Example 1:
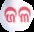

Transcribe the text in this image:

ଜଳ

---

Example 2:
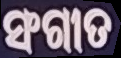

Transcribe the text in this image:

ସଂଗୀତ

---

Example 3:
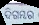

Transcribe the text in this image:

ଦିଗମ୍ବର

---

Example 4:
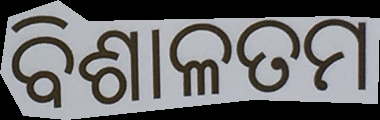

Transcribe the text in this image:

ବିଶାଳତମ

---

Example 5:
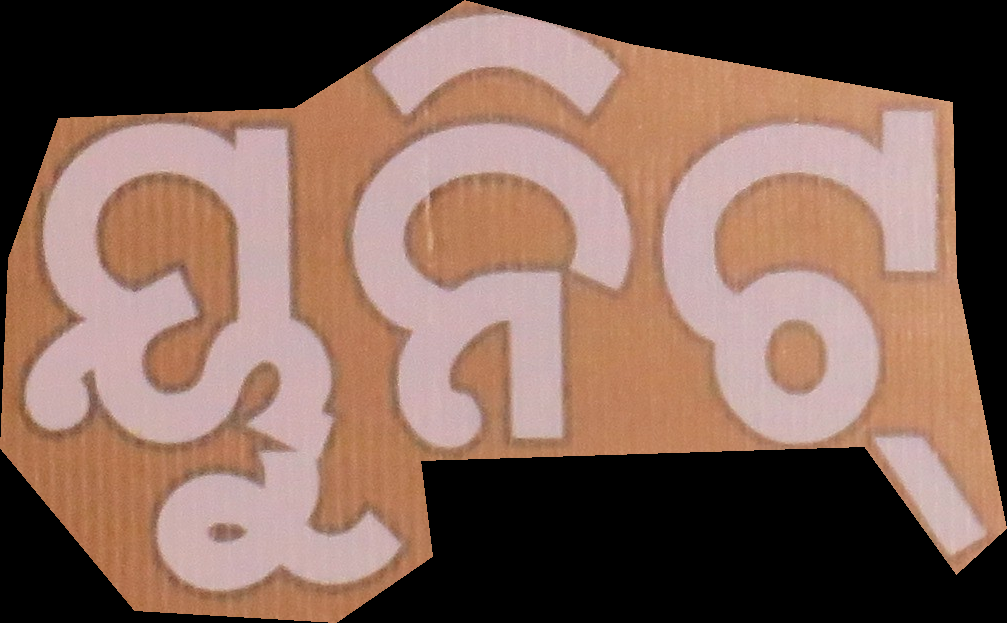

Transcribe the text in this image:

ୟୁନିଟ୍